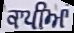
ਕਾਪੀਆ